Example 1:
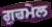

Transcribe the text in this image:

ਗੁਰਮੇਲ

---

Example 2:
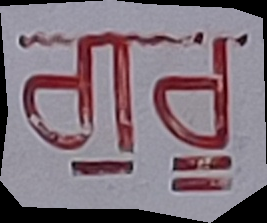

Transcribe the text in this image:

ਗੁਰੂ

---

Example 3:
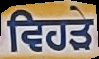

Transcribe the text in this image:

ਵਿਹੜੇ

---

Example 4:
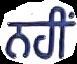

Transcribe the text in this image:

ਨਹੀ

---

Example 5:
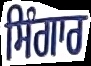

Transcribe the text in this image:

ਸਿੰਗਾਰ